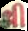
શ્રી